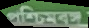
পশ্চিমবঙ্গ